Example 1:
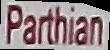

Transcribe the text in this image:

Parthian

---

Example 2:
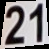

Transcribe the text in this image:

21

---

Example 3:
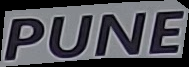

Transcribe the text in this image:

PUNE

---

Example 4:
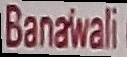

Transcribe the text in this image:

Banawali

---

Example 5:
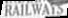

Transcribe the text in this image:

RAILWAYS